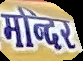
मन्दिर